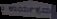
ಕಾರ್ಯಕ್ರಮ